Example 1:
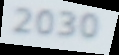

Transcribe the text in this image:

2030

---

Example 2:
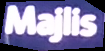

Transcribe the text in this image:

Majlis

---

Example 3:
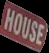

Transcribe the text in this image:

HOUSE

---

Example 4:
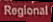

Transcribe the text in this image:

Regional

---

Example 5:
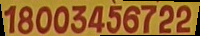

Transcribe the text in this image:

18003456722